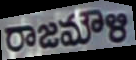
ರಾಜಮೌಳಿ